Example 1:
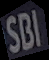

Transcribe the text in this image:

५०।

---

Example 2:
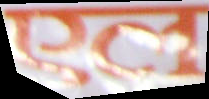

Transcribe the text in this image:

एल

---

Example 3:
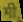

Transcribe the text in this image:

मी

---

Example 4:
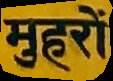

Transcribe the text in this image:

मुहरों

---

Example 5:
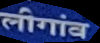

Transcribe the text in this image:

लीगांव